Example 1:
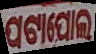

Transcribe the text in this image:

ପଟାପୋଲ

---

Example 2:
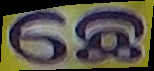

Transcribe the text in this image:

ଛେ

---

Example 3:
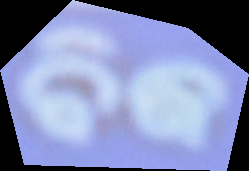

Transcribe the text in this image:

ବିଦ୍ଧ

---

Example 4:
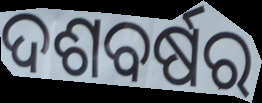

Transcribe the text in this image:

ଦଶବର୍ଷର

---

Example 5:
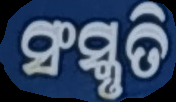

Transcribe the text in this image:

ସଂସ୍କୃତି